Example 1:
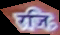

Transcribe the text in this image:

रजिः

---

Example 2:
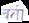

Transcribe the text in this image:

वती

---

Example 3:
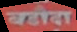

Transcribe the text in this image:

बडौदा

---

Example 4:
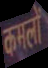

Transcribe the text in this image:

कमलों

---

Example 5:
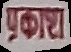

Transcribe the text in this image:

प्रकाश